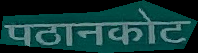
पठानकोट